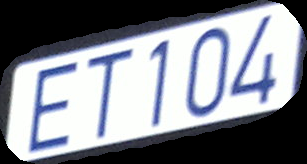
ET104